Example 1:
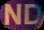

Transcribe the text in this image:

ND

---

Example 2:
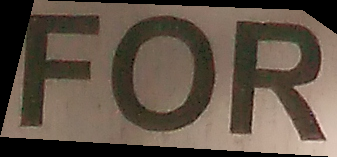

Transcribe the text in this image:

FOR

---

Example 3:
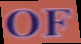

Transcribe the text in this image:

OF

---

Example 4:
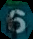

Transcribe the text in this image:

6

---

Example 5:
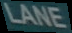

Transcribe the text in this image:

LANE